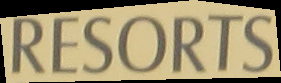
RESORTS